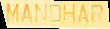
MANOHAR